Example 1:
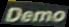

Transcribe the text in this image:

Demo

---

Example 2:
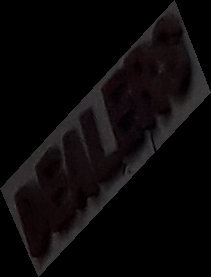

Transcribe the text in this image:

DEALERS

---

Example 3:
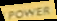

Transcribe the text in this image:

POWER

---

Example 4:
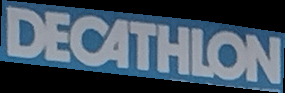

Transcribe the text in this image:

DECATHLON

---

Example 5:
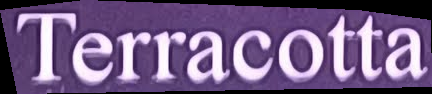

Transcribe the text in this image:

Terracotta